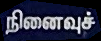
நினைவுச்